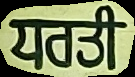
ਧਰਤੀ